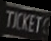
TICKET